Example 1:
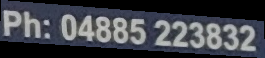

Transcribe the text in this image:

Ph:04885223832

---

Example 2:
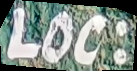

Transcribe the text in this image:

LOC:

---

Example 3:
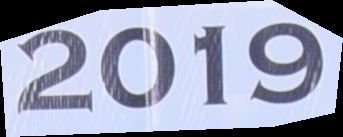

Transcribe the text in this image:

2019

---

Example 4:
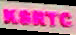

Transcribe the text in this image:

KSRTC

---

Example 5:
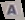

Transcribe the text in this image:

A